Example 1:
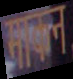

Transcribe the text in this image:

माकन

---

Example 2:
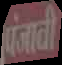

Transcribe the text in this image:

पंजाबी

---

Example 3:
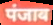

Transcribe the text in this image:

पंजाव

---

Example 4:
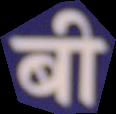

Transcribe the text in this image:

बी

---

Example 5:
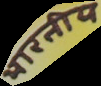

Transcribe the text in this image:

भारतीय